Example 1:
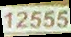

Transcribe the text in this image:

12555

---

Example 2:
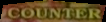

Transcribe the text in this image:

COUNTER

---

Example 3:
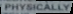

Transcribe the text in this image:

PHYSICALLY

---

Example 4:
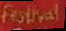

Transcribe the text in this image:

Festival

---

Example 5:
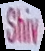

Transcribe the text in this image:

Shiv